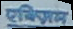
एक्ज़िम